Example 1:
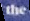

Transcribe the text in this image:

the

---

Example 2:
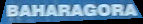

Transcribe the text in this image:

BAHARAGORA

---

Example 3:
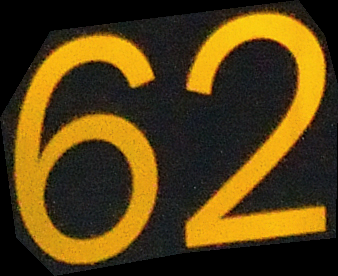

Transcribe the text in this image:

62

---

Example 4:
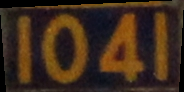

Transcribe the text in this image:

1041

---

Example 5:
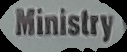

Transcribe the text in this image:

Ministry